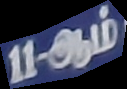
11-ஆம்